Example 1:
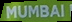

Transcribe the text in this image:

MUMBAI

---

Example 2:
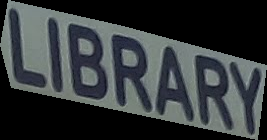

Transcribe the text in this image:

LIBRARY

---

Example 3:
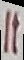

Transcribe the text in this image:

It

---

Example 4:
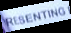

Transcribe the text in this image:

RESENTING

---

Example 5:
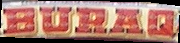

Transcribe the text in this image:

BURAQ